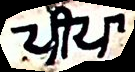
ਪੀਪਾ